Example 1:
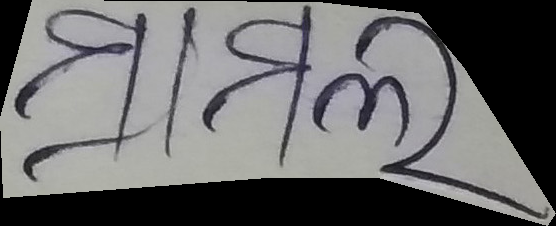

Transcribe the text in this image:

ମ୍ରାମଲ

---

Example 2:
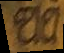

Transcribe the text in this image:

ଅର୍ଥ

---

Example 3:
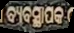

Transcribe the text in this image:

ବ୍ୟବସ୍ଥାପକ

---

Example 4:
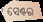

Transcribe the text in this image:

ସେଣ୍ଟର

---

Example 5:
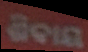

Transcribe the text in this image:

ଶିବାୟ